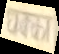
धक्का